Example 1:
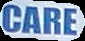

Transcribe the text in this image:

CARE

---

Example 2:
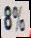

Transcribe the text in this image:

8%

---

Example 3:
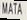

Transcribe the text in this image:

MATA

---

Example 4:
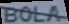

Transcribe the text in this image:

BOLA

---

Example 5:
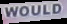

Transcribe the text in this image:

WOULD